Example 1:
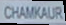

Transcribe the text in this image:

CHAMKAUR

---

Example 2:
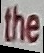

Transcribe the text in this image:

the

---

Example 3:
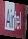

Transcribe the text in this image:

Airtel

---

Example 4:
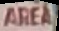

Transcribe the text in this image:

AREA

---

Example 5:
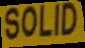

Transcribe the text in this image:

SOLID